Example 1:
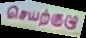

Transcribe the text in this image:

செயற்குழு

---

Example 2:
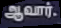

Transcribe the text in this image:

ஆவார்.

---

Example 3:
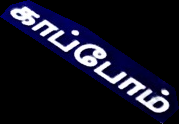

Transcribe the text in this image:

காப்போம்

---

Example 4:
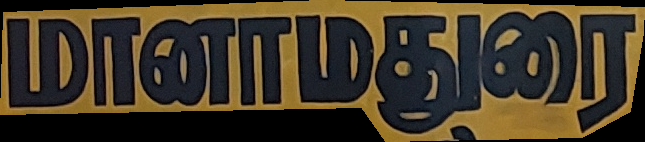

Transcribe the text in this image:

மானாமதுரை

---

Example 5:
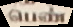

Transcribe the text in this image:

பெண்